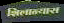
शिलान्यास